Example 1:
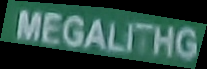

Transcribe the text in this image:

MEGALITHG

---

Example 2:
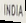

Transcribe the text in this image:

INDIA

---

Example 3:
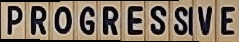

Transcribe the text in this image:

PROGRESSIVE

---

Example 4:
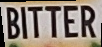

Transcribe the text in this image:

BITTER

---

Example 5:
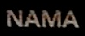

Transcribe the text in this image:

NAMA